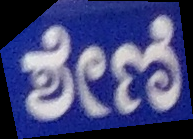
ಶೇಣಿ